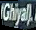
Ghiyaji